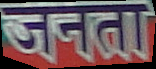
जनता